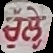
ਚੁੱਲੇੁ